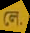
লে.